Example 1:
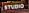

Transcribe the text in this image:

STUDIO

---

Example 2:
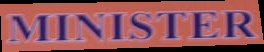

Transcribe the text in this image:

MINISTER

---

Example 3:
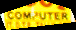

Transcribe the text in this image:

COMPUTER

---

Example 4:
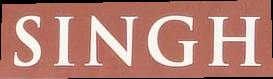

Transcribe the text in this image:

SINGH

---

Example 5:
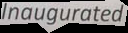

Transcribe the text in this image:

Inaugurated